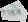
रेलवे